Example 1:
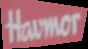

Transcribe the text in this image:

Havmor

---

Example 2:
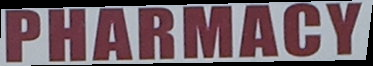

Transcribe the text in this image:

PHARMACY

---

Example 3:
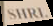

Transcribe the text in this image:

SHRI.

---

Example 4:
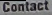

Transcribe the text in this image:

Contact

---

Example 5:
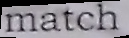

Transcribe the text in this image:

match